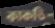
কাকতি-